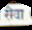
सेवा